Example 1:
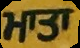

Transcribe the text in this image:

ਮਾਤਾ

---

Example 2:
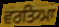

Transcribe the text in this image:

ਵਰਤਿਆ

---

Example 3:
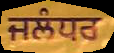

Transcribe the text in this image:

ਜਲੰਧਰ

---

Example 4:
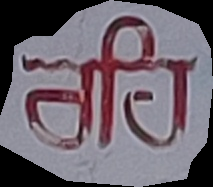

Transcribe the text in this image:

ਰਹਿ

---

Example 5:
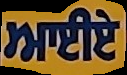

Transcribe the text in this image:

ਆਈਏ